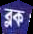
ব্লক